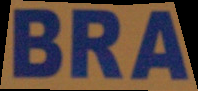
BRA